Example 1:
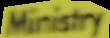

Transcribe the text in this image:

Ministry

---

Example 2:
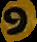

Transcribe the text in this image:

9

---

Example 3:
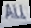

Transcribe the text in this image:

ALL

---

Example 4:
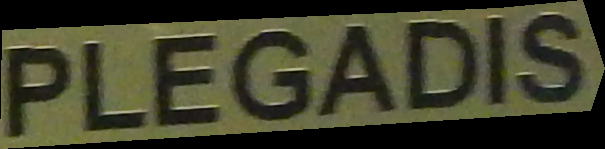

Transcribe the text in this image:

PLEGADIS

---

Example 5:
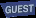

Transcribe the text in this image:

GUEST